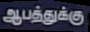
ஆபத்துக்கு